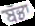
ਬੱਭਾ